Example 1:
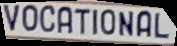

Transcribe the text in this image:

VOCATIONAL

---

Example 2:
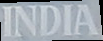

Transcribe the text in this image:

INDIA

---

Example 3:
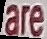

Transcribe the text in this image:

are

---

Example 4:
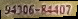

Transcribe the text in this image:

94306-84407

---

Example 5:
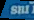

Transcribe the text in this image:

SRI